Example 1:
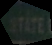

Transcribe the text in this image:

STATE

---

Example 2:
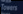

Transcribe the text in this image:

Towers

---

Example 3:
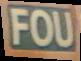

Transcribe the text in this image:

FOU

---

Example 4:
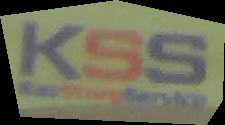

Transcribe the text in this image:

KSS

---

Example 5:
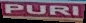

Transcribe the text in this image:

PURI